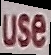
use